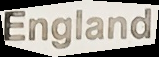
England